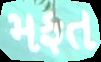
મફત